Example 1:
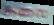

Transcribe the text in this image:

கலை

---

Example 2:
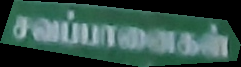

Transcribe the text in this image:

சவப்பானைகள்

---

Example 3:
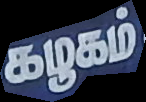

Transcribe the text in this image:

கழகம்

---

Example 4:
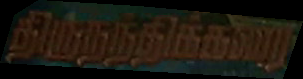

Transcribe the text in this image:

திருநந்திக்கனர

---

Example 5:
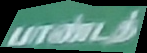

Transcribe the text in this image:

பாண்டத்